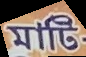
মাটি